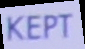
KEPT